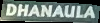
DHANAULA